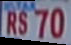
RS70